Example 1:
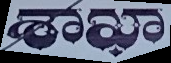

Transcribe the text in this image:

శాఖా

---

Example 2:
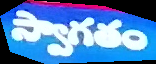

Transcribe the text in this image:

స్వాగతం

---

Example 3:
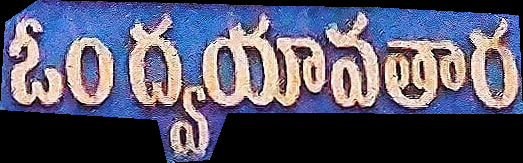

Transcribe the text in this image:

ఓంద్వయావతార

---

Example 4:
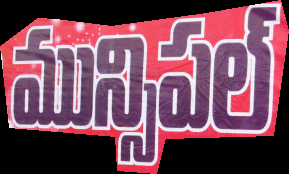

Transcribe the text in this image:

మున్సిపల్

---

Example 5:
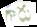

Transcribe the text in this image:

గారు